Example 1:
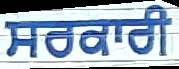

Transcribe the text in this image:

ਸਰਕਾਰੀ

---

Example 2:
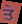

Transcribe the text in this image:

ਤੇ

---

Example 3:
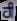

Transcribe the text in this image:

ਹੀ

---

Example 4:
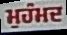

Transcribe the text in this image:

ਮੁਹੰਮਦ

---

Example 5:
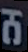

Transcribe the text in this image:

ਨ